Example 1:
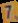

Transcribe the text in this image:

7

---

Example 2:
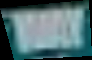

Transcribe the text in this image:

WAY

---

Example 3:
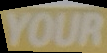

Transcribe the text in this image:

YOUR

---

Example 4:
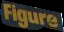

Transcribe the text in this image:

Figure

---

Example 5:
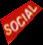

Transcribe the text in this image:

SOCIAL